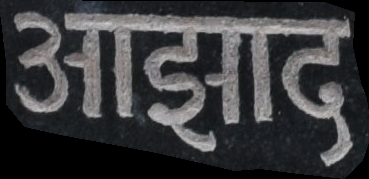
आझाद